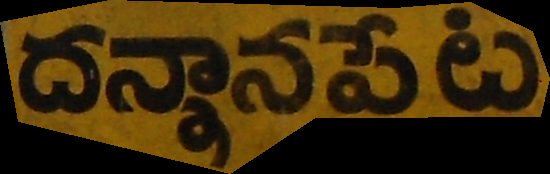
దన్మానపేట